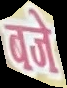
बजे